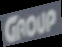
GROUP